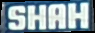
SHAH